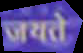
जयते